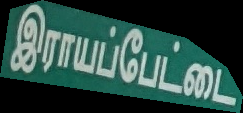
இராயப்பேட்டை